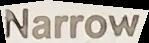
Narrow